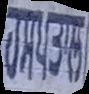
ਹਸਪਤਾਲ